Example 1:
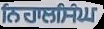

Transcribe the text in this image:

ਨਿਹਾਲਸਿੰਘ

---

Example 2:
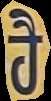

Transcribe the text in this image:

ਹੈ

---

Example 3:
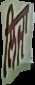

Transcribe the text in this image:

ਲਿਜਾ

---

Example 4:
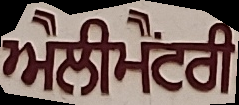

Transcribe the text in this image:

ਐਲੀਮੈਂਟਰੀ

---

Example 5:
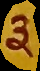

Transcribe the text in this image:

੩